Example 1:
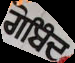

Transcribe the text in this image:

ਗੇਬਿੰਦ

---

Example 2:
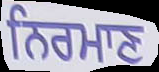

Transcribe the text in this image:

ਨਿਰਮਾਣ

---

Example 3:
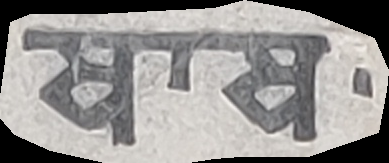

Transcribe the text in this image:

ਬਾਬ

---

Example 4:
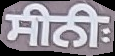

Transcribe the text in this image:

ਸੀਨੀ:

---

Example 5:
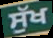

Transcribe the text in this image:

ਸੁੱਖ